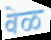
वेळ